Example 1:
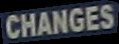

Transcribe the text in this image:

CHANGES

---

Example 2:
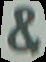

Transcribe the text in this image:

&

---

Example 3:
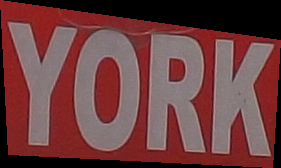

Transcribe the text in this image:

YORK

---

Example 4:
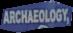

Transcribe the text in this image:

ARCHAEOLOGY,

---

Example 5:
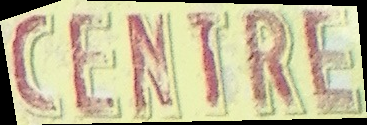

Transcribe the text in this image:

CENTRE